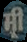
मी